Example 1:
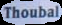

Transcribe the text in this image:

Thoubal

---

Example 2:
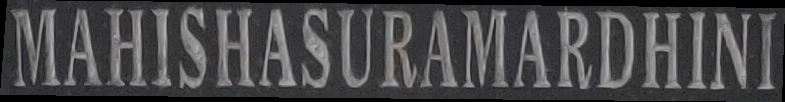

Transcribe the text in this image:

MAHISHASURAMARDHINI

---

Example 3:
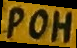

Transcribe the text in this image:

POH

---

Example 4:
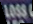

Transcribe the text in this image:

LOSS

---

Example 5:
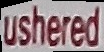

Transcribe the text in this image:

ushered